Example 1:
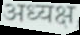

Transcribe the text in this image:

अध्यक्ष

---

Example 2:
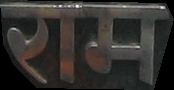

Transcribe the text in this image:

राम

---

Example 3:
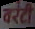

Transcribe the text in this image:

वरेटी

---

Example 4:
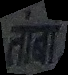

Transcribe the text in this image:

तांबा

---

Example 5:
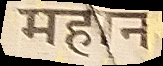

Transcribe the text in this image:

महान